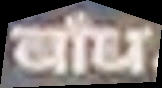
बाँध